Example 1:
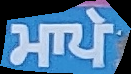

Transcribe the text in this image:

ਮਾਪੇ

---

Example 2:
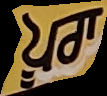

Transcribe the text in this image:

ਪੂਰਾ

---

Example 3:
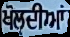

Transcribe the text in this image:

ਖੋਲਦੀਆं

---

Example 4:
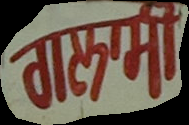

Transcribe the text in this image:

ਗਲਾਸੀ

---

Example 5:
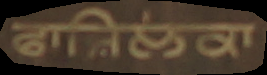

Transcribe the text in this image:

ਫਜ਼ਿਲਕਾ